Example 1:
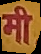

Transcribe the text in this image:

मी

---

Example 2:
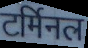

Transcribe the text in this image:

टर्मिनल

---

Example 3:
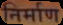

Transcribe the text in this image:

निर्माण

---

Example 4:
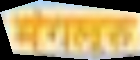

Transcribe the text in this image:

मंगलरु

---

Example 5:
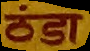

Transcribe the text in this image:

ठंडा